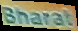
Bharat